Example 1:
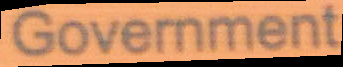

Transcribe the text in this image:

Government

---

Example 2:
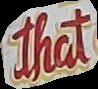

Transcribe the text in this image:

that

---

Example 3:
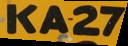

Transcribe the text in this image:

KA27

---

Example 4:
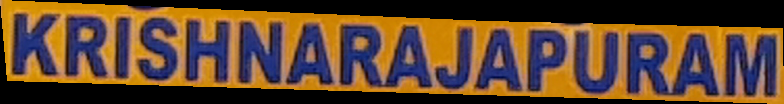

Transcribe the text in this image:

KRISHNARAJAPURAM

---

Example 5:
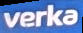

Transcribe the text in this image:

verka